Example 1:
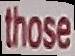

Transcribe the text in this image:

those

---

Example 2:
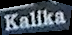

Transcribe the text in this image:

Kalika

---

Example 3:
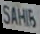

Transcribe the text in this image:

SAHIB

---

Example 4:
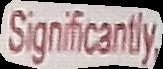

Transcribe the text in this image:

Significantly,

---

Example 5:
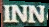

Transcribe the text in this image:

INN